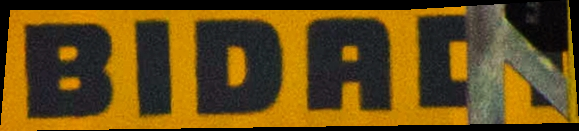
BIDAD